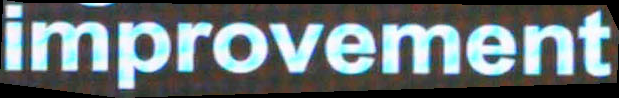
improvement